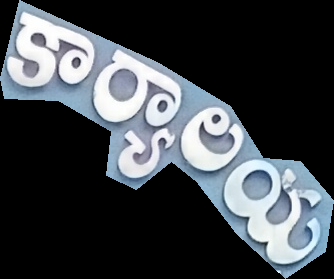
కార్యాలయ